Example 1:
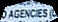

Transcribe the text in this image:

AGENCIES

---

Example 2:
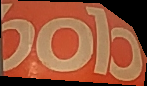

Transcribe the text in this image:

bob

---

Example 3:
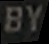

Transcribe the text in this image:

BY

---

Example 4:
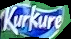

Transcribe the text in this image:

Kurkure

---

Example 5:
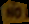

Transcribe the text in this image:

NO